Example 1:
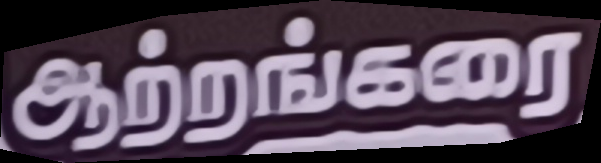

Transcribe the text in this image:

ஆற்றங்கரை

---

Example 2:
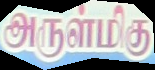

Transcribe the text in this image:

அருள்மிகு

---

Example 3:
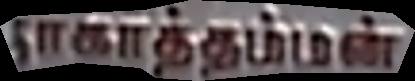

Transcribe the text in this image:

பாகாத்தம்மன்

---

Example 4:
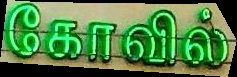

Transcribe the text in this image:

கோவில்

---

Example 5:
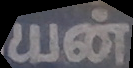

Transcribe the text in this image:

யன்